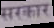
सरकार